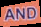
AND